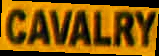
CAVALRY